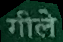
गीले